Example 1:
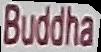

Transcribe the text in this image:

Buddha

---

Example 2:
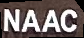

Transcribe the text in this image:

NAAC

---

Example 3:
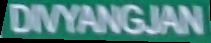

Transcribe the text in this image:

DIVYANGJAN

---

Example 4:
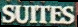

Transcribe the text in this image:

SUITES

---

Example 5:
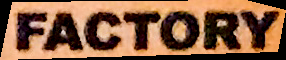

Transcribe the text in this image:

FACTORY